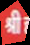
श्री